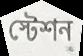
স্টেশন